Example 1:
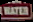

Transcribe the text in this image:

WATER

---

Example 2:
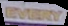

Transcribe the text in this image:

EVERY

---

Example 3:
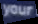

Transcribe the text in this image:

your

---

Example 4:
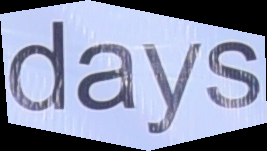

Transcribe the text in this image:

days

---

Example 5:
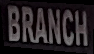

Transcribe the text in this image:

BRANCH